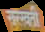
सरस्वती